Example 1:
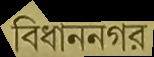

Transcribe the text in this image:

বিধাননগর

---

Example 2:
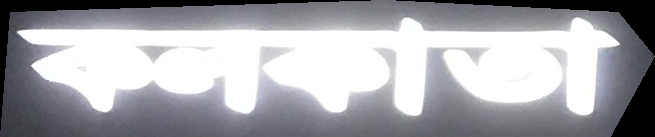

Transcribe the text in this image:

কলকাতা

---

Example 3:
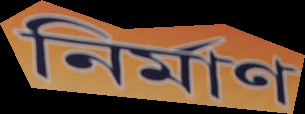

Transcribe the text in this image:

নির্মাণ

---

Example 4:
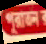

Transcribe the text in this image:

পূরাতন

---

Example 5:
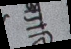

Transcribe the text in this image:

জ্যোতি